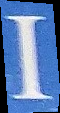
I